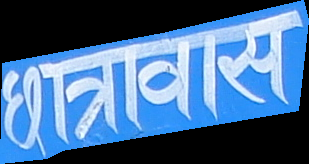
धात्रावास